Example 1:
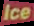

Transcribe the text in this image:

Ice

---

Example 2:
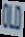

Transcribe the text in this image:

OLD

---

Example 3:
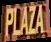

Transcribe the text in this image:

PLAZA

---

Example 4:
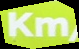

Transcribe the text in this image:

Km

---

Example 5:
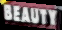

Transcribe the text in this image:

BEAUTY